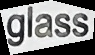
glass